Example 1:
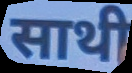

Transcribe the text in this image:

साथी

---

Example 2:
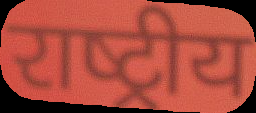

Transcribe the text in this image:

राष्ट्रीय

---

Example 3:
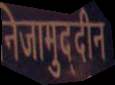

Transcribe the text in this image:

निजामुद्दीन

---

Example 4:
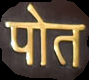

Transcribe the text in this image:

पोत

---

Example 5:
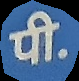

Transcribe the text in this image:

पी.